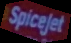
Spicejet